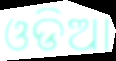
ଓଡ଼ିଆ